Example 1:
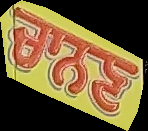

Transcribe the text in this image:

ਚਾਨਣ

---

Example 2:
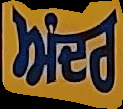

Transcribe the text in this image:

ਅੰਦਰ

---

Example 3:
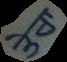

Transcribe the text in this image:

ਤੇਰਾ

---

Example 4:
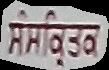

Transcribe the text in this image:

ਸੰਸਕ੍ਰਿਤਕ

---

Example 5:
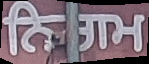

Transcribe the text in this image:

ਨਿਗਮ